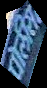
पोलीस